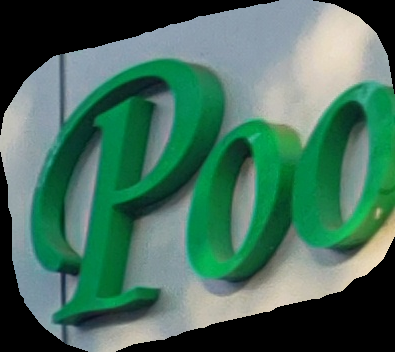
Poo